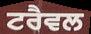
ਟਰੈਵਲ